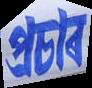
প্ৰচাৰ